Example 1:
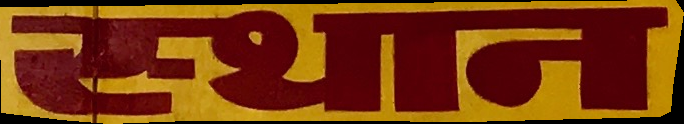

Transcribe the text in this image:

स्थान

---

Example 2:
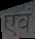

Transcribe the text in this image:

एवं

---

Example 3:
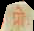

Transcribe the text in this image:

प्रो.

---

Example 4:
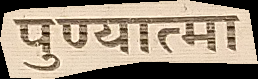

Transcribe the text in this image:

पुण्यात्मा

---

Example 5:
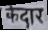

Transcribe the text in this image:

केदार